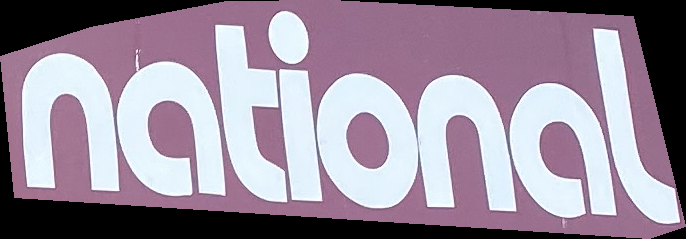
national